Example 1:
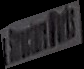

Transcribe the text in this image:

StructureWorks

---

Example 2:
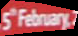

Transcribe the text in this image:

5th February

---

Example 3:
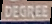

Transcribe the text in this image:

DEGREE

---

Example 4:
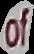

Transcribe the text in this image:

of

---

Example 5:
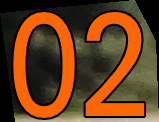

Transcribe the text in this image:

02